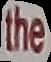
the